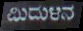
ಮಿದುಳನ